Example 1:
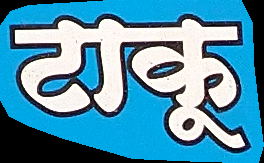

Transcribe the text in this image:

टाकू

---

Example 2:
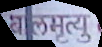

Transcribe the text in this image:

बालमृत्यु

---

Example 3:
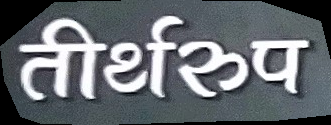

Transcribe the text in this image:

तीर्थरुप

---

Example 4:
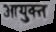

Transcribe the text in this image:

आयुक्त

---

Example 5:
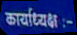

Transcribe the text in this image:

कार्याध्यक्ष :-